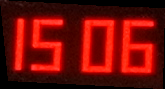
1506